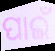
ପାଇଁ